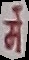
में